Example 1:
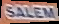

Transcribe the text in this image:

SALEM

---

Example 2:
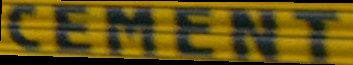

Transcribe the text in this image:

CEMENT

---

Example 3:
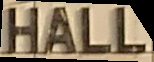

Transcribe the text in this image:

HALL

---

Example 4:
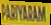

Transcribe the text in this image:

PARIYARAM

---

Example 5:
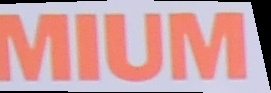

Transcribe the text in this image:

MIUM